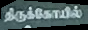
திருக்கோயில்